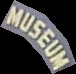
MUSEUM